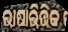
ଭାଷାଭିତ୍ତିକ